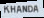
KHANDA